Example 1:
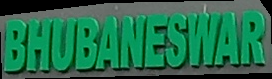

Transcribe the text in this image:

BHUBANESWAR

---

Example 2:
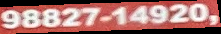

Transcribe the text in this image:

98827-14920,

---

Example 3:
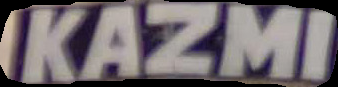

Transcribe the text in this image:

KAZMI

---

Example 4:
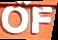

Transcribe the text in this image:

OF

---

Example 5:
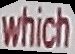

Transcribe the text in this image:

which